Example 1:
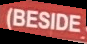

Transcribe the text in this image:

(BESIDE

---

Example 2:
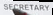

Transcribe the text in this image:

SECRETARY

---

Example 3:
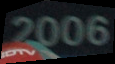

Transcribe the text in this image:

2006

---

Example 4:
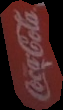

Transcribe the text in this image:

CocaCola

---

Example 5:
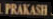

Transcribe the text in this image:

PRAKASH